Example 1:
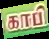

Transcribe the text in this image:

காபி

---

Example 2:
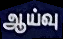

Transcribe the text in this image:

ஆய்வு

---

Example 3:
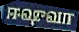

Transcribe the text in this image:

ஈஷுவா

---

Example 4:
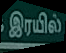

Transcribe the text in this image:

இரயில்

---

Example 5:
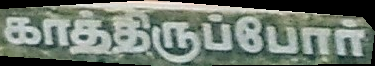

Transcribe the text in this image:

காத்திருப்போா்